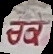
ਚਕੇ